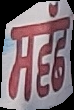
ਸਵੱਛ